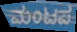
ಮಂಟಪ